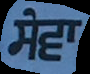
ਸੇਵਾ